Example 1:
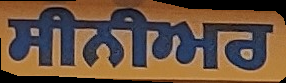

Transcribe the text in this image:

ਸੀਨੀਅਰ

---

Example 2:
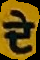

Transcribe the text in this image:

ਦੇ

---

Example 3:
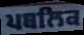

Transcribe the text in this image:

ਪਬਲਿਕ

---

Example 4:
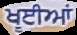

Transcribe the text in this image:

ਖੂਈਆਂ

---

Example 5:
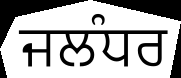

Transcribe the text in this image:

ਜਲੰਧਰ